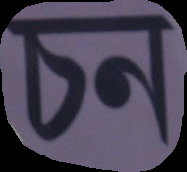
চন